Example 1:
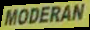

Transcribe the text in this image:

MODERAN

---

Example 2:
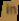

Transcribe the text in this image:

in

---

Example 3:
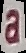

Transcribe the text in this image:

a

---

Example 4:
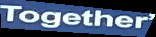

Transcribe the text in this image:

Together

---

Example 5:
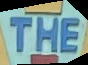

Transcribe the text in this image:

THE